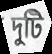
দুটি